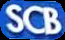
SCB